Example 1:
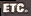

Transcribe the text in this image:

ETC.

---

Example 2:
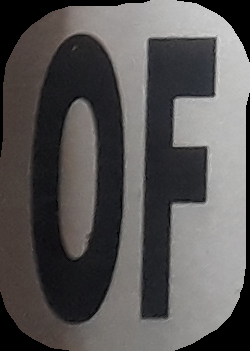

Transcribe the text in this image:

OF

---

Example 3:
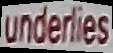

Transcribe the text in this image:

underlies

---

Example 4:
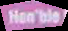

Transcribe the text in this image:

Hon'ble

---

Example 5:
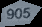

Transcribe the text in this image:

905